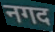
नगद